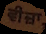
ਵੀਜ਼ਾ